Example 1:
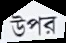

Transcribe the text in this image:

উপর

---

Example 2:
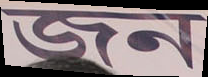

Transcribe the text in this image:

জন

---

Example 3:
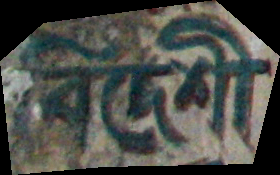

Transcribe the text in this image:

বিদেশী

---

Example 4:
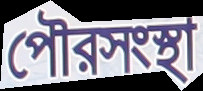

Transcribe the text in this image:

পৌরসংস্থা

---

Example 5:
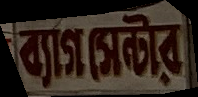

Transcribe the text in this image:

ব্যাগ সেন্টার